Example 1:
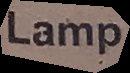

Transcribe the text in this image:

Lamp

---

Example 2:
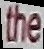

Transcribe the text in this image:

the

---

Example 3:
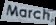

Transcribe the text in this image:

March,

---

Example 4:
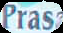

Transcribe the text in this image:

Prasa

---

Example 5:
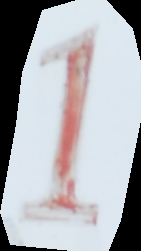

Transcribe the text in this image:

1